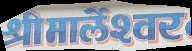
श्रीमार्लेश्वर